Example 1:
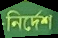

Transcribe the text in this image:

নির্দেশ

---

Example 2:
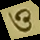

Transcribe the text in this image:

ও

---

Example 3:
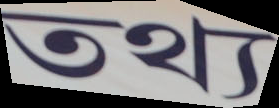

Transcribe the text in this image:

তথ্য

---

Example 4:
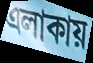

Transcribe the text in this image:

এলাকায়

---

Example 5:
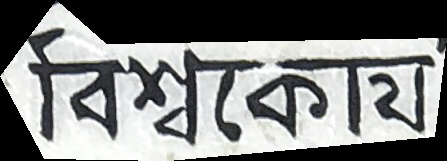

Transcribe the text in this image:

বিশ্বকোয